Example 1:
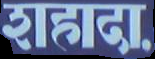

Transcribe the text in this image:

शहादा.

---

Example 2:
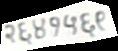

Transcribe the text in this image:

२६४१५६९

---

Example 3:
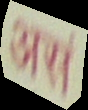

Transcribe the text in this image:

असं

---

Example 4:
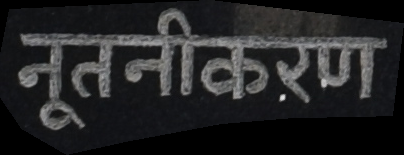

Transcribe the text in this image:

नूतनीकऱण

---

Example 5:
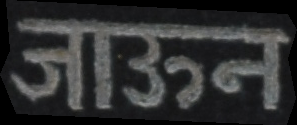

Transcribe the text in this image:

जाऊन